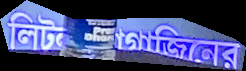
লিট গাজিনের